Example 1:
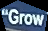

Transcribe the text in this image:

Grow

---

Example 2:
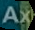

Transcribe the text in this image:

AX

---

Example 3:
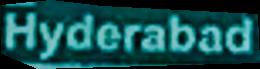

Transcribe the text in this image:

Hyderabad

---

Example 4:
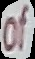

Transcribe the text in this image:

of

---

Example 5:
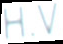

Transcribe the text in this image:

H.V